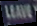
LEAVE